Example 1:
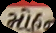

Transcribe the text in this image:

મોહન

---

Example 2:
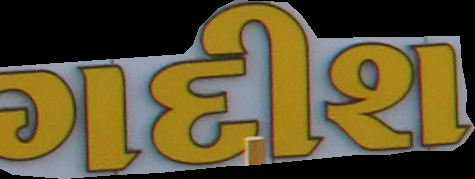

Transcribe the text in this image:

ગદ્દીશ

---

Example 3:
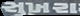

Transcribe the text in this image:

સુખરા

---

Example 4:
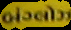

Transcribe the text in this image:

બંગ્લોઝ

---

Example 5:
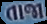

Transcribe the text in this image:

તાજા